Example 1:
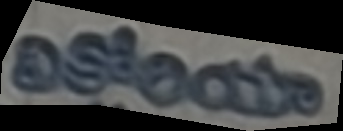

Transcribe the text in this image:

విక్టోరియా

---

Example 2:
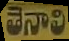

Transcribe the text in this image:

తెనాలి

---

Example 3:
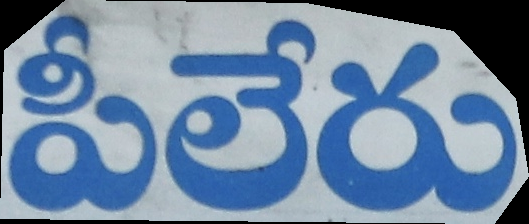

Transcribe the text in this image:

పీలేరు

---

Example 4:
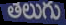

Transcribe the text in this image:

తలుగు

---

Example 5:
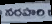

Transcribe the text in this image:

నరహరి